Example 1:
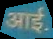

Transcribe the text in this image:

आई.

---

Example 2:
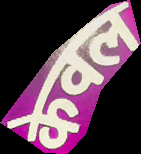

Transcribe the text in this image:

केवल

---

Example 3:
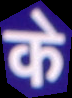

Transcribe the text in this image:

के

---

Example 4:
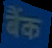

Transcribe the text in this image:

बैंक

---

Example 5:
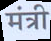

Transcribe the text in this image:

मंत्री